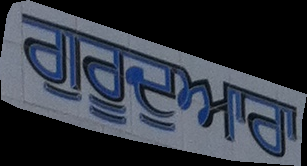
ਗੁਰੂਦੁਆਰਾ